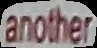
another